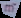
ന്